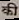
की